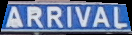
ARRIVAL